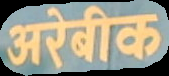
अरेबीक